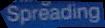
Spreading